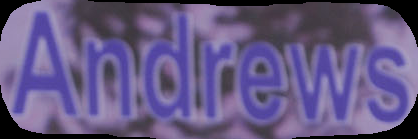
Andrews